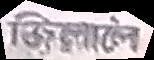
জিলালৈ